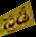
స్టడీ